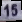
15